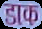
डाक